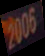
2006